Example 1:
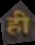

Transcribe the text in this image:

ही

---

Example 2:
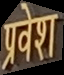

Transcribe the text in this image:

प्रवेश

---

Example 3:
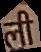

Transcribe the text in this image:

ली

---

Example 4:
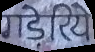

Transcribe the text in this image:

गड़ेरिये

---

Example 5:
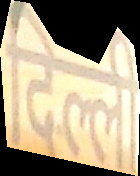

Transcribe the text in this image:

दिल्ली